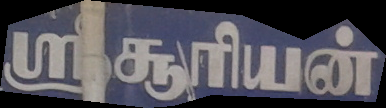
ஸ்ரீ சூரியன்